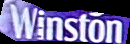
Winston